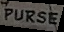
PURSE